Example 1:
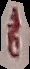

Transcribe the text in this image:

है॓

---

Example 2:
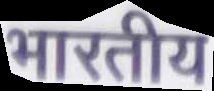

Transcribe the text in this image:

भारतीय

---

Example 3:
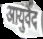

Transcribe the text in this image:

आयुर्वेद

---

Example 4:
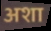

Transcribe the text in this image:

अशा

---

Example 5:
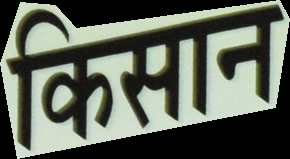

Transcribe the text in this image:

किसान